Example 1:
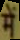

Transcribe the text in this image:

में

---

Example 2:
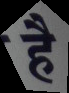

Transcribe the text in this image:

है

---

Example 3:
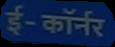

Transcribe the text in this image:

ई-कॉर्नर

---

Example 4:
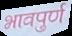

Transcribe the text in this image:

भावपुर्ण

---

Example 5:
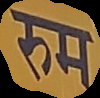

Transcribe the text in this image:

रुम